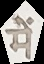
में